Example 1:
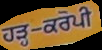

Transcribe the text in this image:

ਹੜ੍ਹ-ਕਰੋਪੀ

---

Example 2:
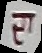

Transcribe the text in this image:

ਦਾ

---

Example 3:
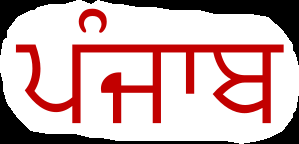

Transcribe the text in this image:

ਪੰਜਾਬ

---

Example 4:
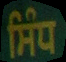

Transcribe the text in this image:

ਸਿੰਧ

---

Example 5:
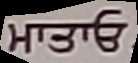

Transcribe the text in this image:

ਮਾਤਾਓ